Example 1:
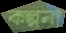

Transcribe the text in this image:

কল্পনা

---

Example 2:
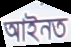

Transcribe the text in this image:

আইনত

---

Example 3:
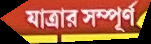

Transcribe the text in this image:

যাত্রারসম্পূর্ণ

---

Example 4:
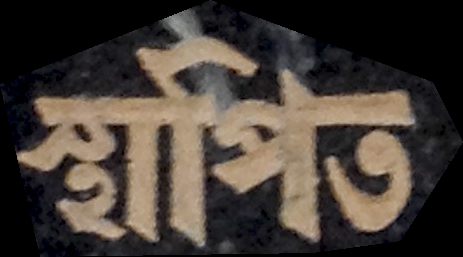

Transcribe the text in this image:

স্থাপিত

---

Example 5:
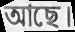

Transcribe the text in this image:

আছে৷